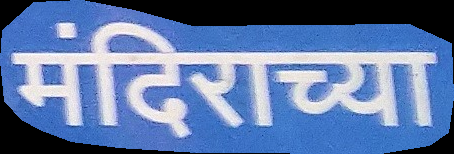
मंदिराच्या